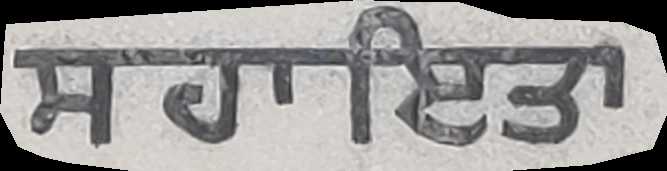
ਸਹਾਇਤਾ